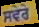
ਸਵੇਰੇ